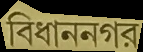
বিধাননগর